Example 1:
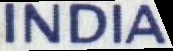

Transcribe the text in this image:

INDIA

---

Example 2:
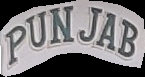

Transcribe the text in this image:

PUNJAB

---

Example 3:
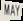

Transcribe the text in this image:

MAY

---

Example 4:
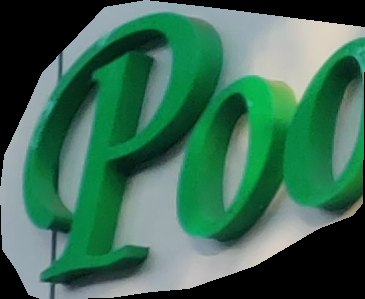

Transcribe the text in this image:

Poo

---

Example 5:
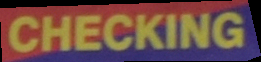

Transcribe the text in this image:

CHECKING